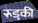
रुंड़की